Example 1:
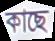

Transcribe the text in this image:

কাছে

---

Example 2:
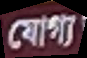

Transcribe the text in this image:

যোগ্য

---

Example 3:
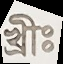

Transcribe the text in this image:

খ্রীঃ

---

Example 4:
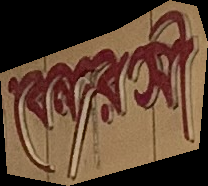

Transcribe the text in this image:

বেনারসি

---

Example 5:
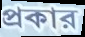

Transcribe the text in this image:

প্রকার